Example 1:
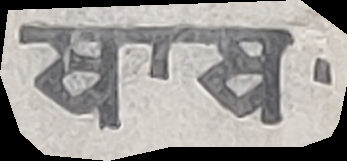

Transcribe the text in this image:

ਬਾਬਾ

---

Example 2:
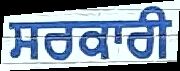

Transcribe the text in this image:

ਸਰਕਾਰੀ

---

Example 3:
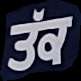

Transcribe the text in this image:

ਤੱਕ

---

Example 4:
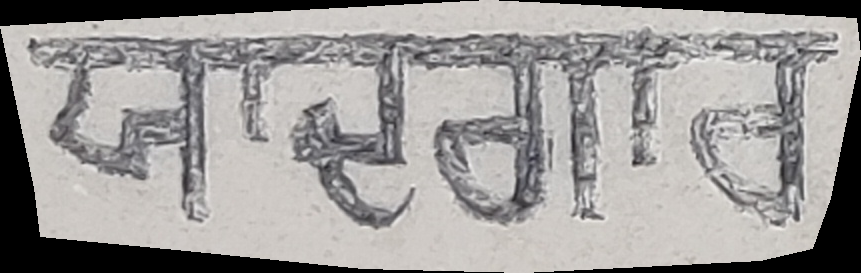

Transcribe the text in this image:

ਯਾਦਗਾਰ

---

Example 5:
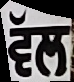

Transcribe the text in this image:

ਵੱਲ